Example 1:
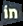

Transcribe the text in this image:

in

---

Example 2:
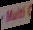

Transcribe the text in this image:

Multi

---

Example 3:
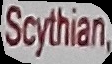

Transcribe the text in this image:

Scythian,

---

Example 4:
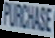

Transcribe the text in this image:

PURCHASE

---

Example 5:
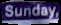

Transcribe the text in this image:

Sunday,